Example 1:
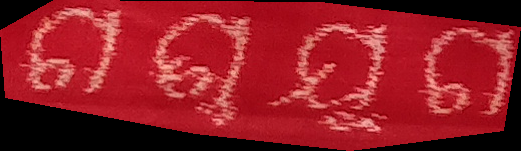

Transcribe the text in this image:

ଗ ଘ୍ର ଯୁ ଗ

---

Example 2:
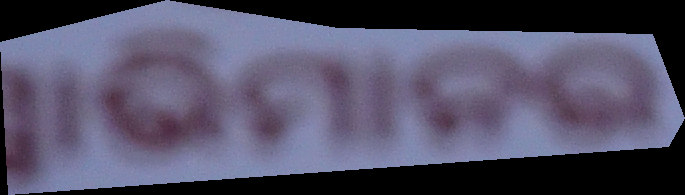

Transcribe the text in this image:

ଭିମାନର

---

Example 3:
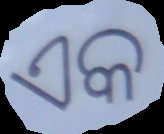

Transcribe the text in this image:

ଏକ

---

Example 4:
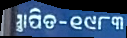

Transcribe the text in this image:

ପିତ-୧୯୮୩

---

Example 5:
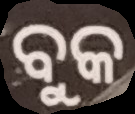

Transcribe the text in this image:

ବୁକ